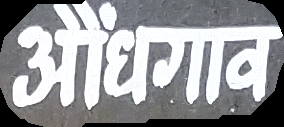
औंधगाव